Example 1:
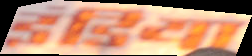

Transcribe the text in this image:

इंडिया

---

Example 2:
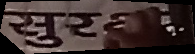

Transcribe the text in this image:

सुर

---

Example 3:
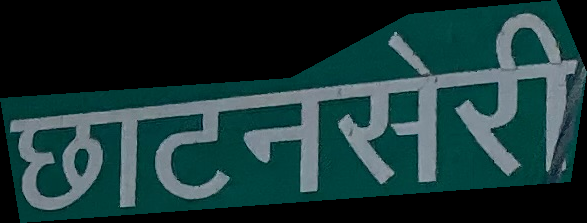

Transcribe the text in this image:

छाटनसेरी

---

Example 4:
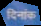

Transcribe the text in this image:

दिनांक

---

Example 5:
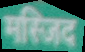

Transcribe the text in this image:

मस्जिद